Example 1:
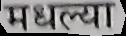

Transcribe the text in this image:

मधल्या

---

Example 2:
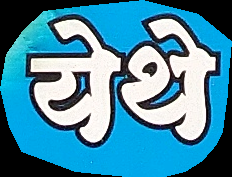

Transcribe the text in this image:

येथे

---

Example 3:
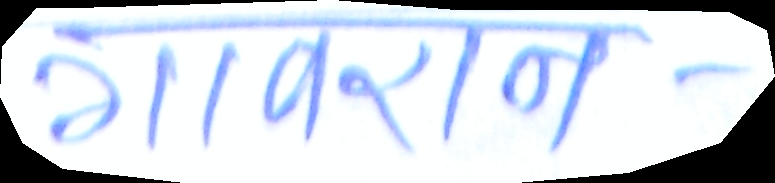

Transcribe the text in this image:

गावरान -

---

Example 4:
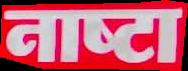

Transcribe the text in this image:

नाष्टा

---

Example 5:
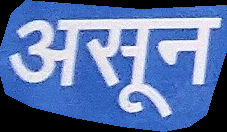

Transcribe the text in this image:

असून